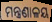
ମନ୍ତ୍ରଣାଳୟ